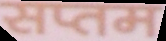
सप्तम